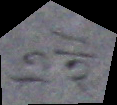
এই